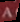
A